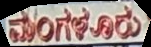
ಮಂಗಳೂರು